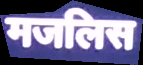
मजलिस